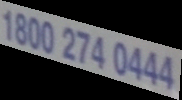
18002740444